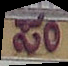
ಸ0